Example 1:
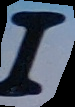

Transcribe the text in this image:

I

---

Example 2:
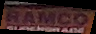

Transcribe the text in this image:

RAMCO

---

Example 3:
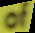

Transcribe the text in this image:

of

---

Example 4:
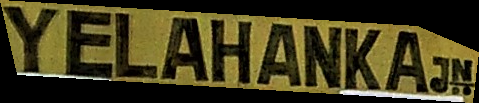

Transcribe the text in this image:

YELAHANKAJN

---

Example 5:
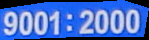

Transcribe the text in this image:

9001:2000